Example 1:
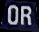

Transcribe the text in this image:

OR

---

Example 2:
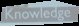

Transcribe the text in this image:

Knowledge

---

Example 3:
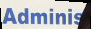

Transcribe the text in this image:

Adminis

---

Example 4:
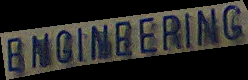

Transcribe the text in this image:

ENGINBERING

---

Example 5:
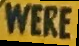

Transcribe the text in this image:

WERE